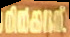
നിൽക്കനന്.